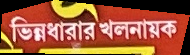
ভিন্নধারারখলনায়ক